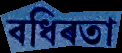
বধিৰতা